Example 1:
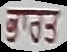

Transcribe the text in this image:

ਭਾਰਤ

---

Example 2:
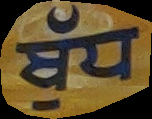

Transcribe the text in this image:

ਬੁੱਧ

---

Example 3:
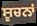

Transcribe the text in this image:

ਸੂਰਨਾਂ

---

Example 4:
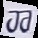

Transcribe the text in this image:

ਹਰ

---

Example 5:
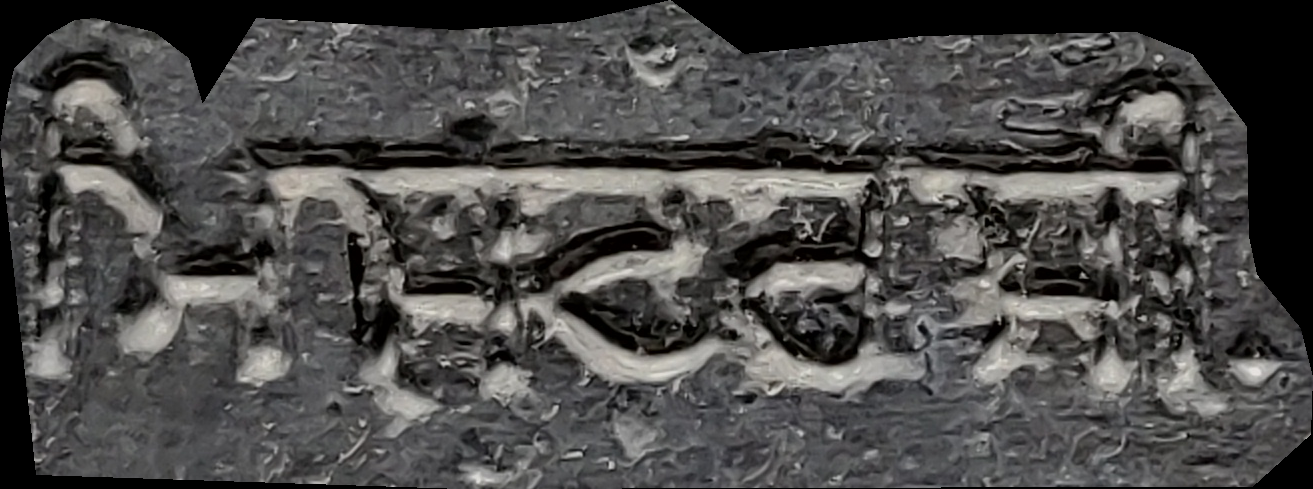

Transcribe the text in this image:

ਮਿਸਟਰ ਜੀ.